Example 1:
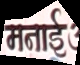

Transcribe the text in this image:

मनाई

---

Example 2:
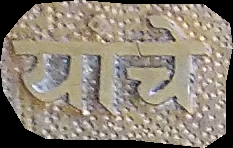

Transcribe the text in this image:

यांचे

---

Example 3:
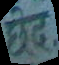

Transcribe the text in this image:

छेद.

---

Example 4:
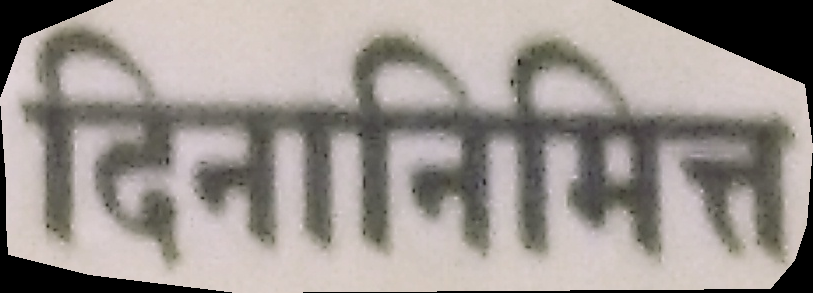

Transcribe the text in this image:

दिनानिमित्त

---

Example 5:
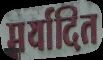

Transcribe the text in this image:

मर्यादित